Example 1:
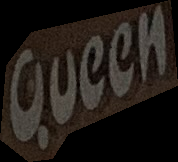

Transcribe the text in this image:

Queen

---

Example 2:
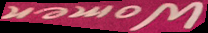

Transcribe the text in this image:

Women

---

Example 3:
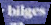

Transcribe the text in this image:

bilges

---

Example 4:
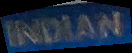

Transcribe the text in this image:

INDIAN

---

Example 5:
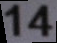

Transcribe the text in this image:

14